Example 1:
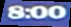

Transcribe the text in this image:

8:00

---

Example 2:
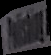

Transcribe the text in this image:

Polishing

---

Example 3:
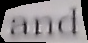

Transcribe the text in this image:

and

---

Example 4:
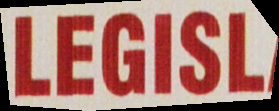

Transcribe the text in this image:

LEGISL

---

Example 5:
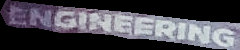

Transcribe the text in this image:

ENGINEERING